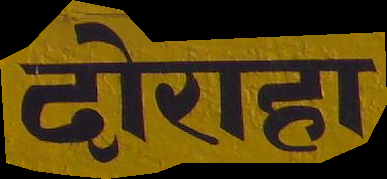
दोराहा